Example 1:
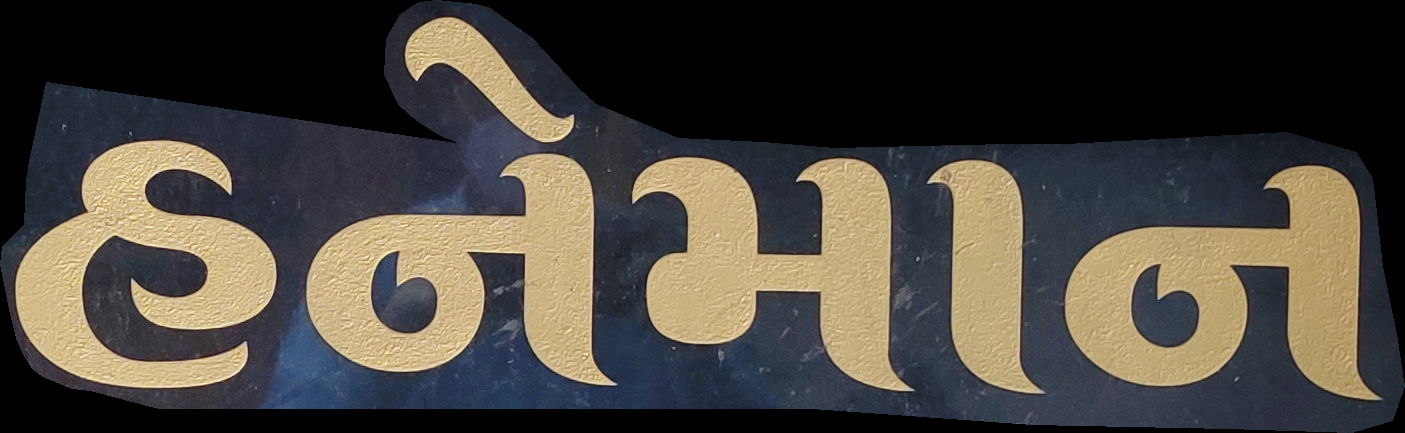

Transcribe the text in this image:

હનેમાન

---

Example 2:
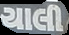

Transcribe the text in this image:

ચાલી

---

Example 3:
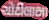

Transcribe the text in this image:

ઓટીલાઆ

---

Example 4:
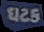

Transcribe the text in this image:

દ્યટક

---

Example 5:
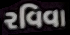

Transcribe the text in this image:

રવિવા